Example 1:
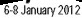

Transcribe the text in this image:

6-8January2012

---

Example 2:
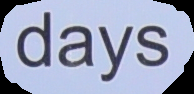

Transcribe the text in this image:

days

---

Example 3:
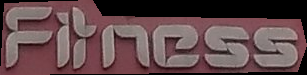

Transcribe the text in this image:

Fitness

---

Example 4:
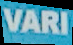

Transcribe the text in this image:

VARI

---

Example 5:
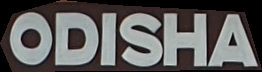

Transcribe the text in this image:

ODISHA